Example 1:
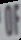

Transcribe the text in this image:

OF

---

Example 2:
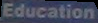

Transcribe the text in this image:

Education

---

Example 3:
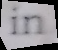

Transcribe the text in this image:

in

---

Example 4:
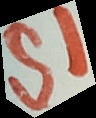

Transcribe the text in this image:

SI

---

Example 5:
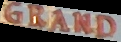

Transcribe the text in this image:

GRAND